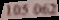
105062